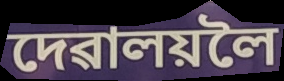
দেৱালয়লৈ